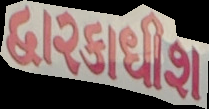
દ્વારકાધીશ